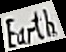
Earth